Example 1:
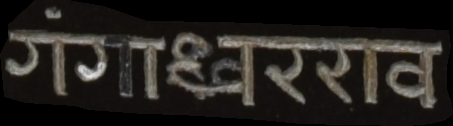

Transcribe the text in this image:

गंगाध्वरराव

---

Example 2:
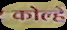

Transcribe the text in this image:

कोल्हे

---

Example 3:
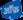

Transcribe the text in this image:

ऑफ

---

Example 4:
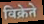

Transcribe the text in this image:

विक्रेते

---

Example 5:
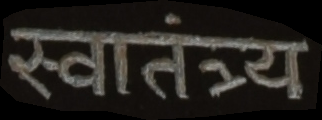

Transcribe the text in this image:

स्वातंत्र्य